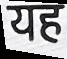
यह